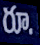
రూ.